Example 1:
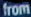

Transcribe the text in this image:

from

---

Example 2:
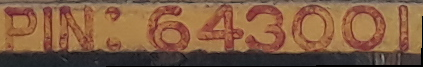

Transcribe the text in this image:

PIN:643001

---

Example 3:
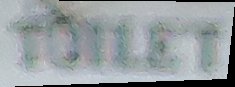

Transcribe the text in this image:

TOILET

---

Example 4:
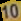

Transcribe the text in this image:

10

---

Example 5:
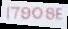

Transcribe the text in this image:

17908E